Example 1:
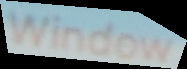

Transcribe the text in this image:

Window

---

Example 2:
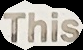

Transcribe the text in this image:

This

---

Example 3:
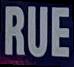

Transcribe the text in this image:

RUE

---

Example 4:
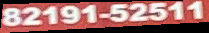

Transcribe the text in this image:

82191-52511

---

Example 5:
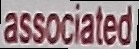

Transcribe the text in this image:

associated